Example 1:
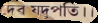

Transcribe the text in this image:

দব্যদুপতি৷৷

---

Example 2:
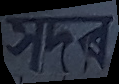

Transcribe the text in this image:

সদৰ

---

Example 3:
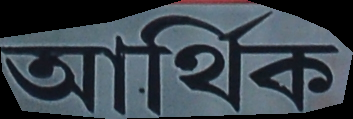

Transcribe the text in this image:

আৰ্থিক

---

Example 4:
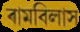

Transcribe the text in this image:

ৰামবিলাস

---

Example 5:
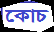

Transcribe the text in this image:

কোচ